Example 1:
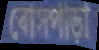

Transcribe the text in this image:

বোসপাড়া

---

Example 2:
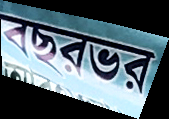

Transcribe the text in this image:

বছরভর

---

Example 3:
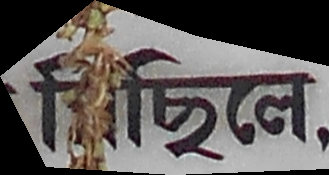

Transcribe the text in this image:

মিছিলে,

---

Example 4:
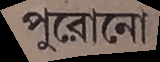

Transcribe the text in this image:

পুরোনো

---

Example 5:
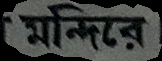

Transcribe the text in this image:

মন্দিরে